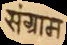
संग्राम